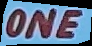
ONE